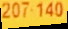
207-140